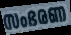
സംഭരണ